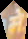
मे